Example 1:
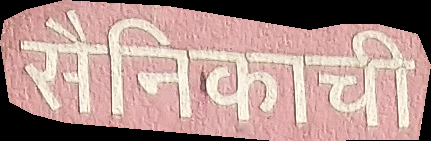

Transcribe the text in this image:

सैनिकाची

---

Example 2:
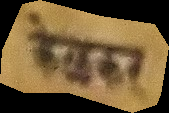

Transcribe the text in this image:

केळकर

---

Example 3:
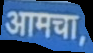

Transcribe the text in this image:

आमचा,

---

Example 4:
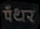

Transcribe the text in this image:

पँथर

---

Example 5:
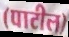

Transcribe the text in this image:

(पाटील)